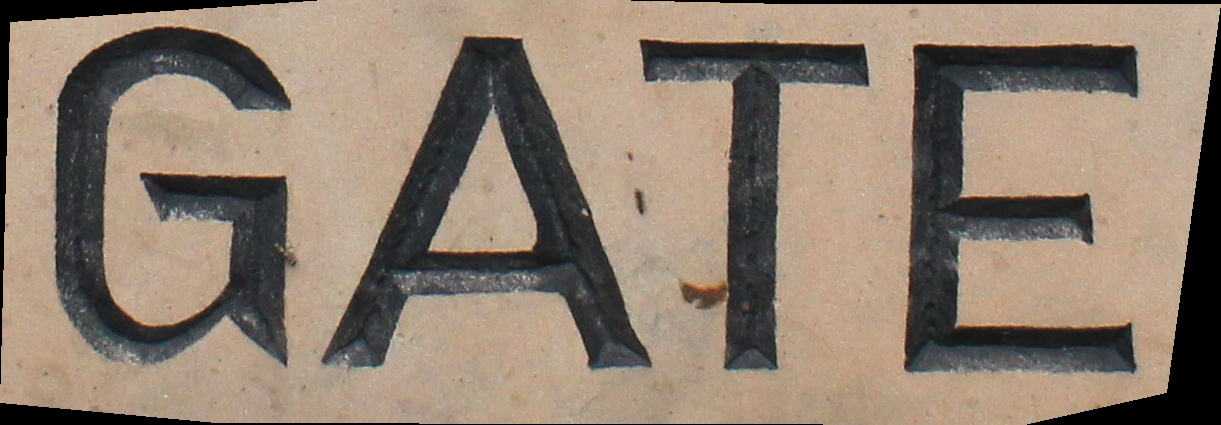
GATE